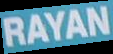
RAYAN